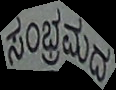
ಸಂಭ್ರಮದ